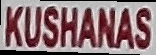
KUSHANAS